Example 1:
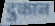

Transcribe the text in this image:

दुकान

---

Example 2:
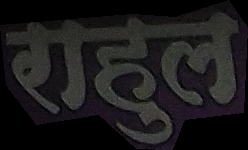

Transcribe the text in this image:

राहुल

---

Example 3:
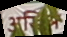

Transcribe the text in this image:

अखिल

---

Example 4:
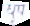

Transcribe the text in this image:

धुप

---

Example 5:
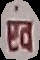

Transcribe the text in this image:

एंव